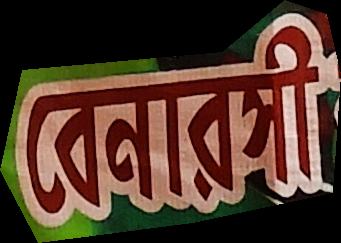
বেনারসী